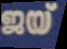
ജയ്